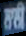
ਲਾਲੀ